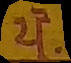
ਪੋ.